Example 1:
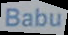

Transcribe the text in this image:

Babu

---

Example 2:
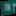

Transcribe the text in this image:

IN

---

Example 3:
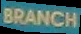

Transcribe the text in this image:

BRANCH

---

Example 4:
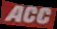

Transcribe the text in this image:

ACC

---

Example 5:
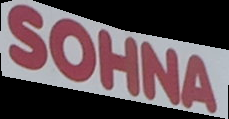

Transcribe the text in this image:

SOHNA